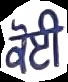
ਕੋਈ